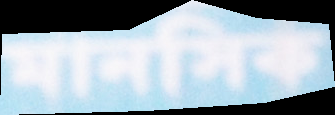
মানসিক